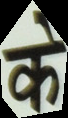
क‍े